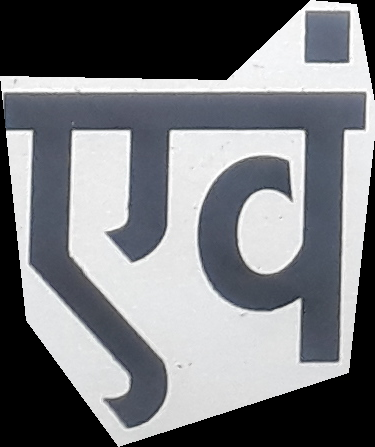
एवं